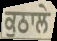
ਕੁਠਾਲੇ